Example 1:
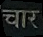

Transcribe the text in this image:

चार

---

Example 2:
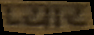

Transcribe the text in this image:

प्यार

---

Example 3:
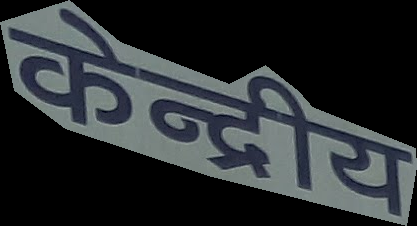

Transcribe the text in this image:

केन्द्रीय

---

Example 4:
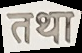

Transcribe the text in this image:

तथा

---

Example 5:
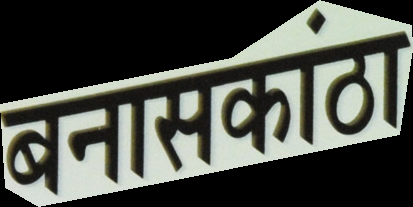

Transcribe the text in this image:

बनासकांठा